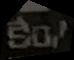
కెండ్